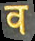
व